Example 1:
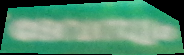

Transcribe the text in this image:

ദേവന്ധ്യം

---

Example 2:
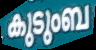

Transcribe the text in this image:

കുടുംബ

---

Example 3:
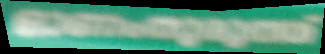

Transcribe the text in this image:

ഓണംതുരുത്ത്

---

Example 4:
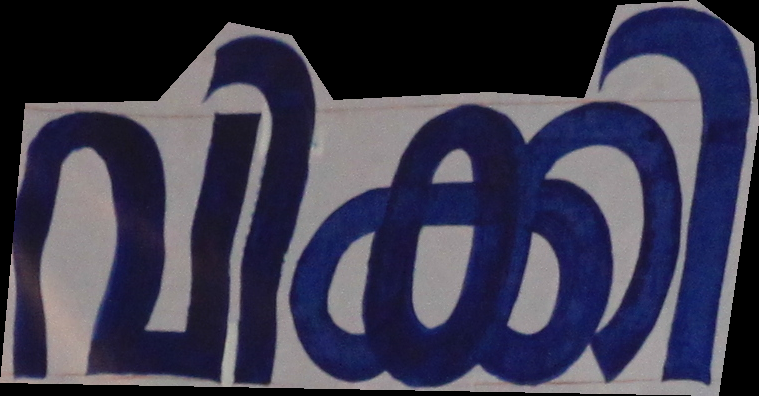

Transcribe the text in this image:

വിക്കി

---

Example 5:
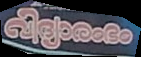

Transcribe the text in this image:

വിഭൃാരംഭം